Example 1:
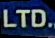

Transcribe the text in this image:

170್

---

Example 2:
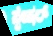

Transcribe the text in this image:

ಸ್ಪೇಷಲ್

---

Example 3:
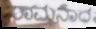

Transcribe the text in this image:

ಕರಾಮನಾಥ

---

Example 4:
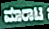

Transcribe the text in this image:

ಮಾರಾಟ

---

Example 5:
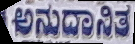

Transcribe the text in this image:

ಅನುದಾನಿತ